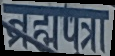
ടംധി